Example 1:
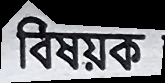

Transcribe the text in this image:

বিষয়ক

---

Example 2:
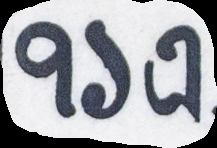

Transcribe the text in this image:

৭১এ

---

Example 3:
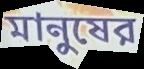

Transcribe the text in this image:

মানুষের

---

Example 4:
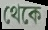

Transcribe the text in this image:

থেকে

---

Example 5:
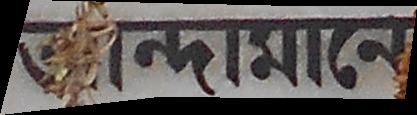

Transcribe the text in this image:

ন্দামানে